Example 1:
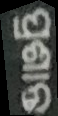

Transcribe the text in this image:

ପ୍ରଶାନ୍ତ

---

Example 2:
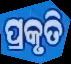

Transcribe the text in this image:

ପ୍ରସ୍ତୁତି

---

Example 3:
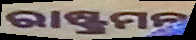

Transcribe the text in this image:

ରାଷ୍ଟ୍ରମନ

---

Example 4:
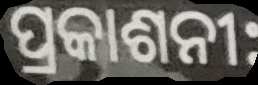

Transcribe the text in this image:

ପ୍ରକାଶନୀ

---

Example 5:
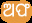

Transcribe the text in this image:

ଅଫ